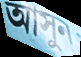
আসুন